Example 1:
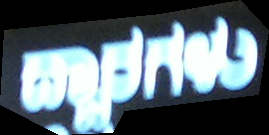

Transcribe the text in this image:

ದ್ವಾರಗಳು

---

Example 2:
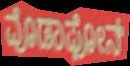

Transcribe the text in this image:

ವೊಡಾಫೋನ್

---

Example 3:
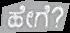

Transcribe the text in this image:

ಹೇಗೆ?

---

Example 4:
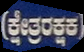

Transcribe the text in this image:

(ಕ್ಷೇತ್ರರಕ್ಷಕ)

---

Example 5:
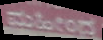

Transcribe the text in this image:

ಮಹಿಂದ್ರಾ